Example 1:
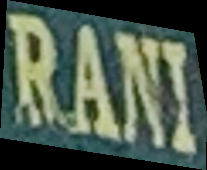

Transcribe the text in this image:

RANI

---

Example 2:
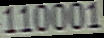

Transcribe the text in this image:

110001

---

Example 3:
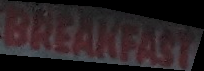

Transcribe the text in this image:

BREAKFAST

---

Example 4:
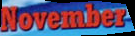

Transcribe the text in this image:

November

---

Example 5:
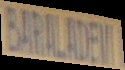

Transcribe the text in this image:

BARALADEVI